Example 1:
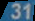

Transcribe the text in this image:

31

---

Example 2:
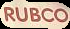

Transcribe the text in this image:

RUBCO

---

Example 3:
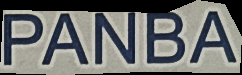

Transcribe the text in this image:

PANBA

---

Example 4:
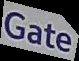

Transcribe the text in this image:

Gate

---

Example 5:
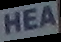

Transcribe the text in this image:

HEA